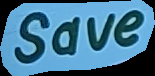
Save